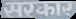
सरकार